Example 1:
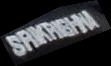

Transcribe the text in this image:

SRIKRISHNA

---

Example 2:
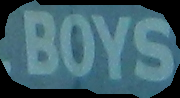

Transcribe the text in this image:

BOYS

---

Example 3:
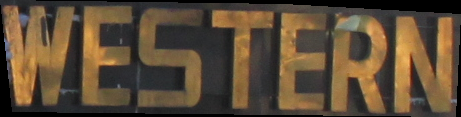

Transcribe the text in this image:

WESTERN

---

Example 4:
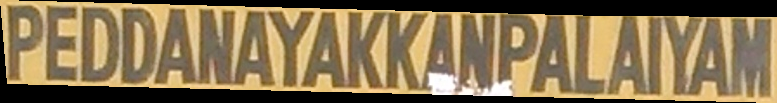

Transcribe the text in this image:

PEDDANAYAKKANPALAIYAM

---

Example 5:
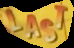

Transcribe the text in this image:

LAST